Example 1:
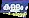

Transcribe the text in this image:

കള്ളം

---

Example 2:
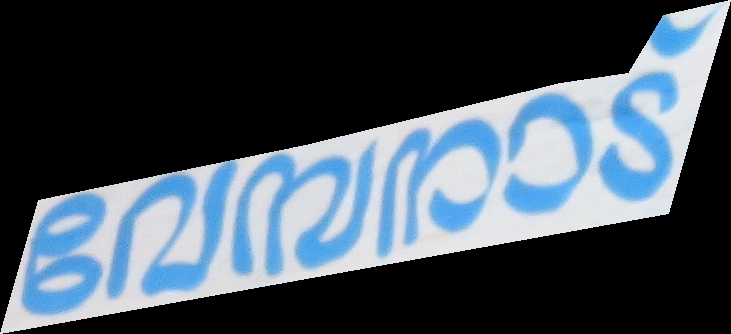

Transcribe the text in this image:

വേമ്പനാട്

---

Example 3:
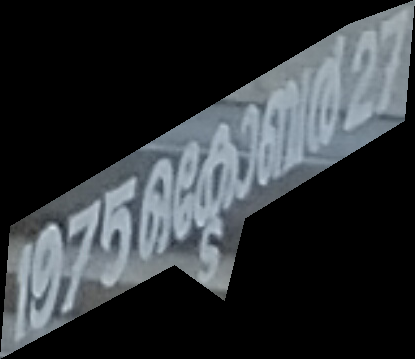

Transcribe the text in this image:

1975 കേെ്ടാബർ 27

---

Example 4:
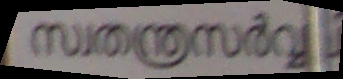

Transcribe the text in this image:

സ്വതന്ത്രസർവ്വ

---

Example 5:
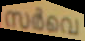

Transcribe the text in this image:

സർവെ